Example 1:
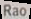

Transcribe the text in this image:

Rao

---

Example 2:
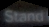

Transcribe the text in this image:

Stand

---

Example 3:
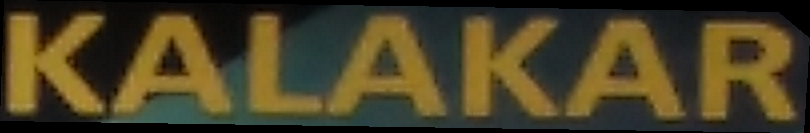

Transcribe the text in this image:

KALAKAR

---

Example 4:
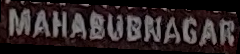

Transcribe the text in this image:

MAHABUBNAGAR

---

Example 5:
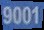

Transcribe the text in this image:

9001